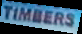
TIMBERS